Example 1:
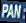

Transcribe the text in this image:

PAN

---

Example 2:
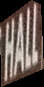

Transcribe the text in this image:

HALL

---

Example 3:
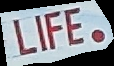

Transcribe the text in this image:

LIFE.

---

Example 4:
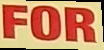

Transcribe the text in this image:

FOR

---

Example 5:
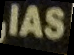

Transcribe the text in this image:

IAS